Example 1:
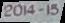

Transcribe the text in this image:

2014-15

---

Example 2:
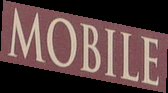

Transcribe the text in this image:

MOBILE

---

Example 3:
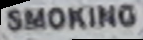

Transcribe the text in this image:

SMOKING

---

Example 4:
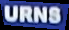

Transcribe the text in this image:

URNS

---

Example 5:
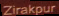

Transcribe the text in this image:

Zirakpur